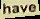
have